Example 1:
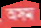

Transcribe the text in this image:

অসম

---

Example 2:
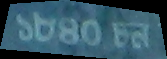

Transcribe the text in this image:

১৮৪০চন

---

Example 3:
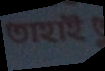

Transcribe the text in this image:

তাহাই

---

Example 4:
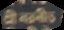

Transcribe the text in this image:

শ্রী বরৰীত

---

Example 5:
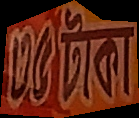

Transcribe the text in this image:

৩৫টাকা